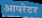
आपरेटर